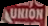
UNION